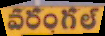
వరంగల్